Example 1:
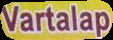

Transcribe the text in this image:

Vartalap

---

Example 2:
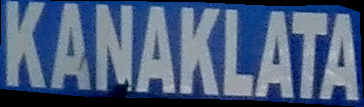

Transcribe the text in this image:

KANAKLATA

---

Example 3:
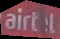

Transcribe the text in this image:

airtel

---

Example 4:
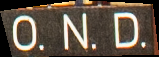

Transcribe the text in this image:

O.N.D.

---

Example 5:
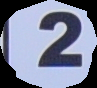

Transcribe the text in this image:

2